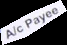
A/c Payee